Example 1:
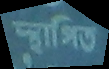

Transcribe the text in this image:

স্থাপিত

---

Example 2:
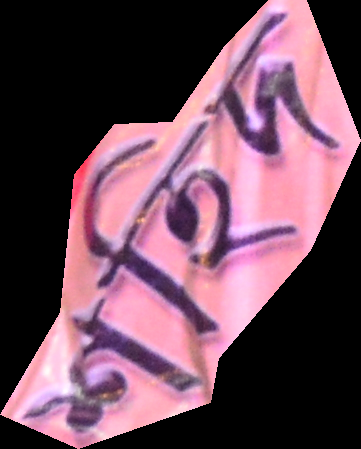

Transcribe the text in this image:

শহিদ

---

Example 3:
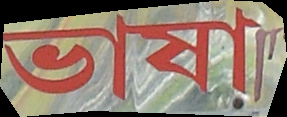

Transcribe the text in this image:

ভাষা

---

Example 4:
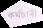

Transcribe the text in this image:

কৰ্মচাৰী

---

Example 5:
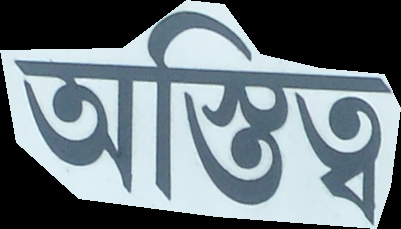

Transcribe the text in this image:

অস্তিত্ব